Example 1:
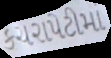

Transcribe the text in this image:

કચરાપટીમા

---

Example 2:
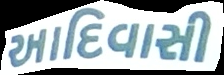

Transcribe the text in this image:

આદિવાસી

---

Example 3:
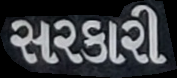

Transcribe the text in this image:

સરકારી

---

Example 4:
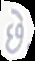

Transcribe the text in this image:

છે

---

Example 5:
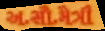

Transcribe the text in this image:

અ.સી.મૈત્રી